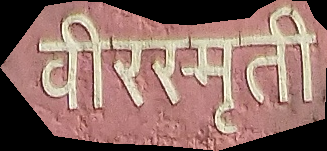
वीरस्मृती